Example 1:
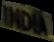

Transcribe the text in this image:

INDIA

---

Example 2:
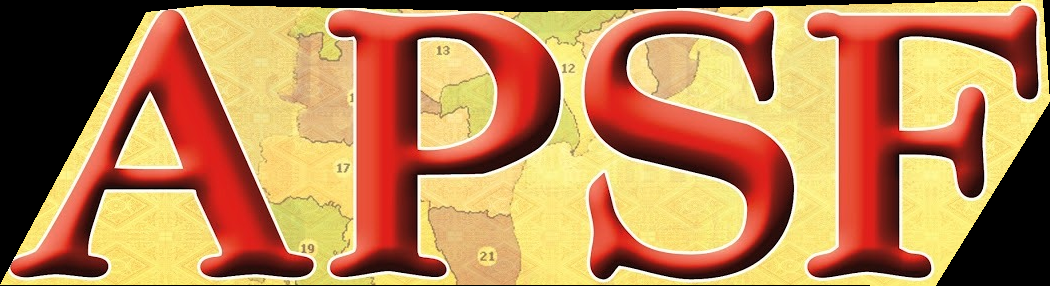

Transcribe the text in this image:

APSF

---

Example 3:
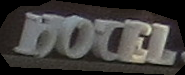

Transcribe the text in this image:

HOTEL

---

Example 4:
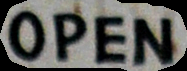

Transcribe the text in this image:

OPEN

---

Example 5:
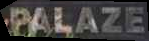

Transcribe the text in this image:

PALAZE